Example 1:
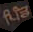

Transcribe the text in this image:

ਪਿੰਡ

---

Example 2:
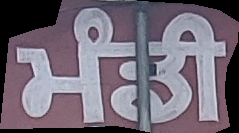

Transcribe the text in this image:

ਮੰਡੀ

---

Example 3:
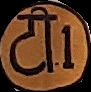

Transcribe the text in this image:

ਟੀ1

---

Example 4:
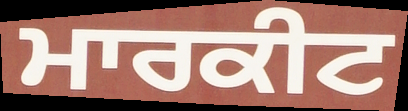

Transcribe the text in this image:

ਮਾਰਕੀਟ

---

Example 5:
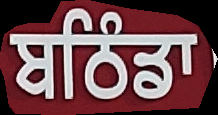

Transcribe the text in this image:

ਬਠਿੰਡਾ